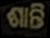
ଣାଚି